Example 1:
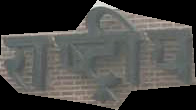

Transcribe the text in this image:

राष्ट्रीय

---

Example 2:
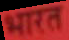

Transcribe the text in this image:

भारत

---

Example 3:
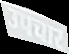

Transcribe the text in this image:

उपचार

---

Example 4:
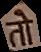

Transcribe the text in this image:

तो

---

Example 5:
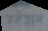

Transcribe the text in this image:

स्टेशन